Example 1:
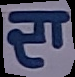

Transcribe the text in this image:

ਦਾ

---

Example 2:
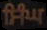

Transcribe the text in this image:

ਸਿੰਘ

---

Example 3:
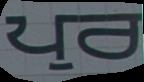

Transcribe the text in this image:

ਪੁਰ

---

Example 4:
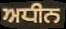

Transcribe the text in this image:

ਅਧੀਨ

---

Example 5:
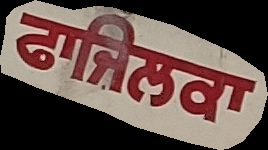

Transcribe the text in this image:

ਫਾਜ਼ਿਲਕਾ